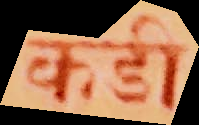
कडी